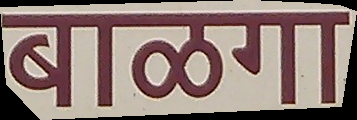
बाळगा